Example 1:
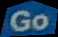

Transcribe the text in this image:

Go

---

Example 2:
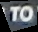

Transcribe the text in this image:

TO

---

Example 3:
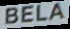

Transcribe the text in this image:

BELA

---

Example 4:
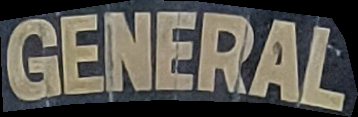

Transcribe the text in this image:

GENERAL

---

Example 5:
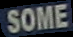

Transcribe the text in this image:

SOME